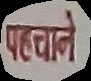
पहचाने